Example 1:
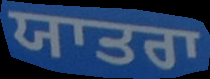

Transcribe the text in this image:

ਯਾਤਰਾ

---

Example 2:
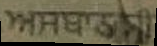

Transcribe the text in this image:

ਅਸਥਾਨਸੀ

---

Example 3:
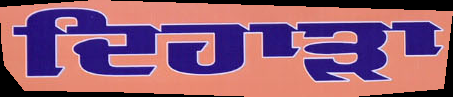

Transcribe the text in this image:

ਦਿਹਾੜਾ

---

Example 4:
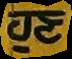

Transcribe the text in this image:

ਹੁਣ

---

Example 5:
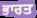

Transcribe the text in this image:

ਭਾਰਤ